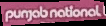
punjab national